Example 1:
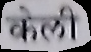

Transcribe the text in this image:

केली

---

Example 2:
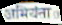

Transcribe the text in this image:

अभियंता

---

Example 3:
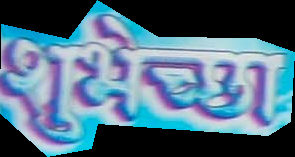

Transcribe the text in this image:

शुभेच्छा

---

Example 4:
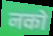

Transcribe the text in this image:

नको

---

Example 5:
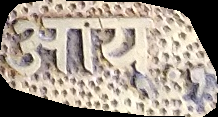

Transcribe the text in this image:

आय्.,